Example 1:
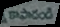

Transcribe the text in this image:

కాపాడండి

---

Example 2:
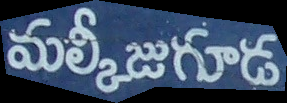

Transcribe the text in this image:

మల్కీజుగూడ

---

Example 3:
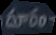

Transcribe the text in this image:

దూరం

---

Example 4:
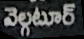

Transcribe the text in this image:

వెల్గటూర్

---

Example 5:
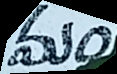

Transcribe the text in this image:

లుం